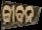
ଜୀବନ